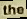
the